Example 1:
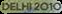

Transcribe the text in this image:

DELHI2010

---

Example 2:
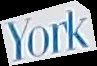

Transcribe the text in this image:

York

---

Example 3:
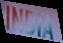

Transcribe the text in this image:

INDIA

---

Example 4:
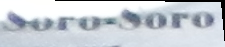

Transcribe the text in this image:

Soro-Soro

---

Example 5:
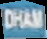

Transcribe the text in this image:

DHAM